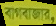
বাগবাজার,